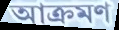
আক্রমণ